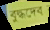
বুদ্ধদেব